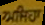
ਅਸਿਰਾ